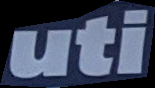
uti